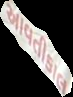
આવતીકાલ